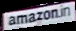
amazon.in